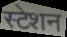
स्टेशन